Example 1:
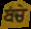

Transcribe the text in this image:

ਬਂਚੇ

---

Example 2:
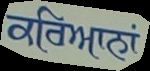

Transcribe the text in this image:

ਕਰਿਆਨਾਂ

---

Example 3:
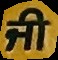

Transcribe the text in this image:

ਜੀ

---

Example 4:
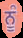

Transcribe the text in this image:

ਨੂੰ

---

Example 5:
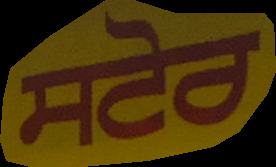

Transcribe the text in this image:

ਸਟੇਰ